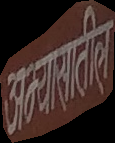
अभ्यासातील